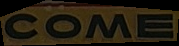
COME